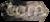
ઉમદ